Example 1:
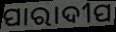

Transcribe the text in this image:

ପାରାଦୀପ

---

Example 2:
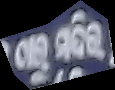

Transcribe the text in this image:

ଠାଇ ମନ୍ଦିର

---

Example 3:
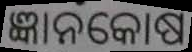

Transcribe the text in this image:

ଜ୍ଞାନକୋଷ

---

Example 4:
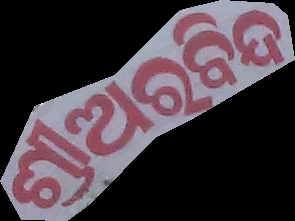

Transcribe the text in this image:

ଶ୍ରୀଅରବିନ୍ଦ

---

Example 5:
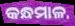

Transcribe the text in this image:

କନ୍ଧମାଳ,